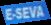
E-SEVA